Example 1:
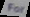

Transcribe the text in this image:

For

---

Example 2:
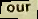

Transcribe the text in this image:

our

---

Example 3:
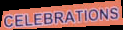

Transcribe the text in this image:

CELEBRATIONS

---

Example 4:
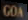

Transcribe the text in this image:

GOA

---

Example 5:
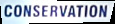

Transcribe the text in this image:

CONSERVATION